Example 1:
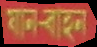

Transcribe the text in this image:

যান-বাহন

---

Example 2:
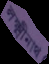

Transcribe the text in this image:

লক্ষীনাথ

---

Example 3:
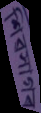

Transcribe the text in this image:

শিবসাগৰ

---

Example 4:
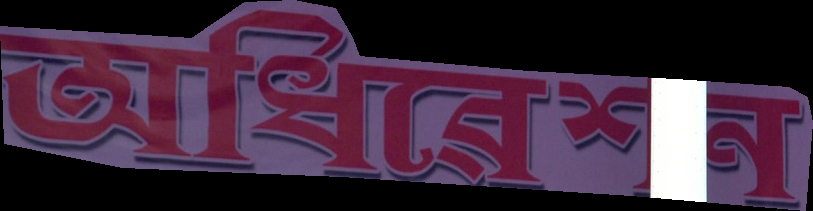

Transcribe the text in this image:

অধিৱেশন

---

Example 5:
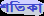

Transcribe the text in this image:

শতিকা